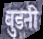
बुडती